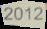
2012